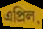
এপ্রিল,